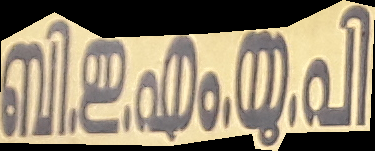
ബി.ഇ.എം.യു.പി